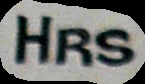
HRS